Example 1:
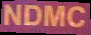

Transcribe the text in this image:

NDMC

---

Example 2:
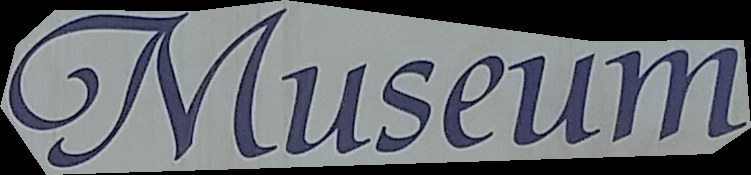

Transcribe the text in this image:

Museum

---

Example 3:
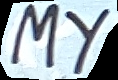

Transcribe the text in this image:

MY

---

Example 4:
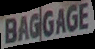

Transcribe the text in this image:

9466465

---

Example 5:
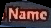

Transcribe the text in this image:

Name